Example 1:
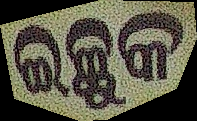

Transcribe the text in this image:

ଇଚ୍ଛୁକ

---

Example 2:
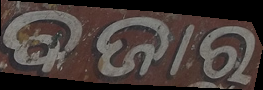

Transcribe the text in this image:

ବଜାର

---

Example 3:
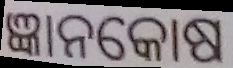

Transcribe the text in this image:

ଜ୍ଞାନକୋଷ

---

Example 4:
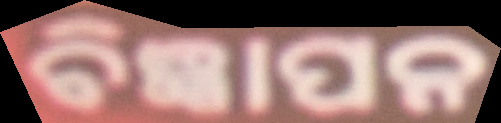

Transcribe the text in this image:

ବିଜ୍ଞାପନ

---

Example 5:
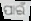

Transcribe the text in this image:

ପାଇଁ